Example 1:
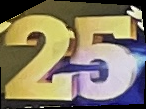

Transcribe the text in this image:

25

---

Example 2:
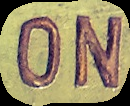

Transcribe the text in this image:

ON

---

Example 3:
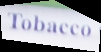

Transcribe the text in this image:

Tobacco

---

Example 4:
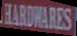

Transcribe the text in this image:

HARDWARES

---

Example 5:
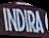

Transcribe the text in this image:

INDIRA